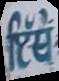
ਇੱਥੇ